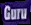
Guru